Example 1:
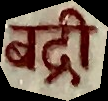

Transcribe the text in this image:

बद्री़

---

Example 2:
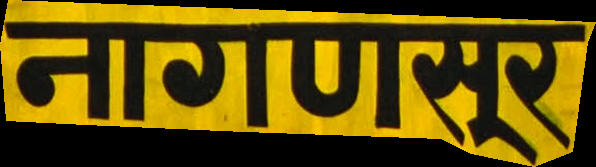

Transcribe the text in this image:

नागणसूर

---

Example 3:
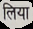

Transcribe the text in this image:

लिया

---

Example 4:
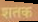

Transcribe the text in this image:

शतक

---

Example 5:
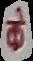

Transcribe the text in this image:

क‍े